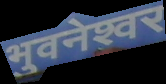
भुवनेश्वर